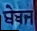
ਬੇਬਜ